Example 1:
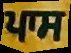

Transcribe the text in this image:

ਪਾਸ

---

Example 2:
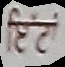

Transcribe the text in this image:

ਇਟਾਂ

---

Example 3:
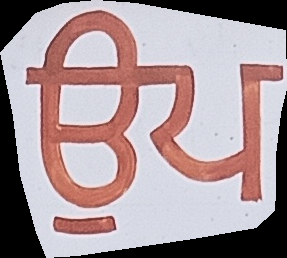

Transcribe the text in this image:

ਉਪ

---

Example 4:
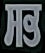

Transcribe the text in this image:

ਸਭ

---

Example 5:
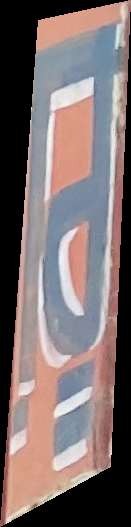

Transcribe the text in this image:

ਰੂ